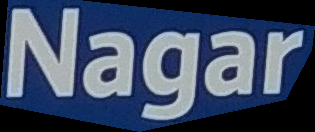
Nagar